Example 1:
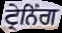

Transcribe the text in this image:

ਟੇ੍ਨਿਗ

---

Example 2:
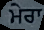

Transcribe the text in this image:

ਮੇਰਾ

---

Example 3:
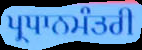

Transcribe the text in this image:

ਪ੍ਰਧਾਨਮੰਤਰੀ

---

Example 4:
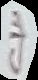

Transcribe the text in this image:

ਹੈ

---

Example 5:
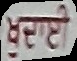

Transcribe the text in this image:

ਖੁਦਾਈ